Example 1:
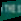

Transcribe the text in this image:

THE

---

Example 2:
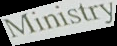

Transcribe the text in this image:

Ministry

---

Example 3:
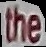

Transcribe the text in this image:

the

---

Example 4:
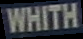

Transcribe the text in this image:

WHITH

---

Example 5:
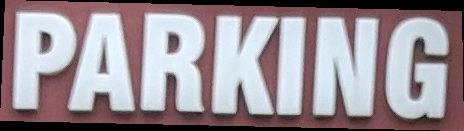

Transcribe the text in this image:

PARKING